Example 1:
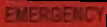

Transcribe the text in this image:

EMERGENCY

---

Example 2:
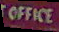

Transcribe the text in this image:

OFFICE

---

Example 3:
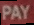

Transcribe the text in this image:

PAY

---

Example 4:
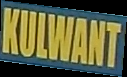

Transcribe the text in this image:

KULWANT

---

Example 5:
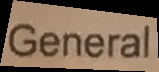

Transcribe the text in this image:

General